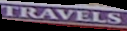
TRAVELS